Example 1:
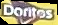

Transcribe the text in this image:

Doritos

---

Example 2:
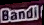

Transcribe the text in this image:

Bandi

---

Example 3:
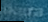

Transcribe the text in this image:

kura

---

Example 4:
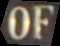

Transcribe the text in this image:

OF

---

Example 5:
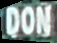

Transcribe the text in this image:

DON